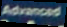
Advanced